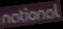
national